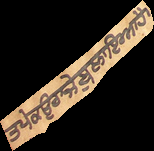
ਤਪੇਕਉਰਾਜੇਬੁਲਾਇਆਹਾੇ